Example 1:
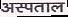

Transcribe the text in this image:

अस्पताल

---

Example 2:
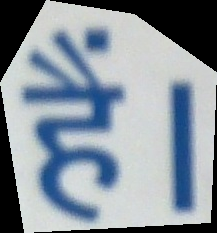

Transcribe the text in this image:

हैं।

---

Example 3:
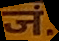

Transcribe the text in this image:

जं.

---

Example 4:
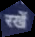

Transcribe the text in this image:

रखें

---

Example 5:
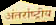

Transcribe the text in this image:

अंतर्राष्ट्रीय